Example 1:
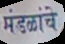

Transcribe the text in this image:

मंडळाचे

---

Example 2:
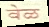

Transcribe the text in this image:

वेळ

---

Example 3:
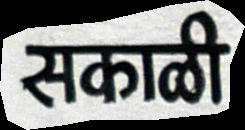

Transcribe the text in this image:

सकाळी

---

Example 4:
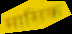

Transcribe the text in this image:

मासिक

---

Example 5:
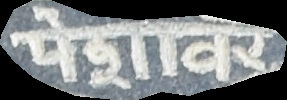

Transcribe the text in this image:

पेशावर